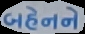
બહેનને